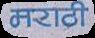
मराठी